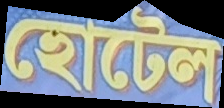
হোটেল